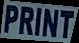
PRINT